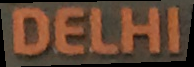
DELHI